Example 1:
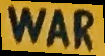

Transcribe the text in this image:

WAR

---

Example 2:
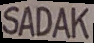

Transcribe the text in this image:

SADAK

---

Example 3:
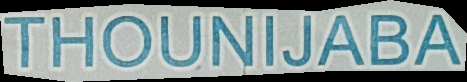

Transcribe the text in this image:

THOUNIJABA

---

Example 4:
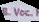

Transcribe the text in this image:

Voc.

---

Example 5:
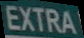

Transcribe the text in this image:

EXTRA